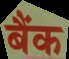
बैंक